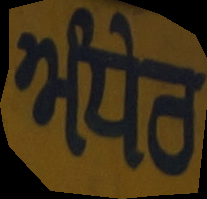
ਅੰਧੇਰ